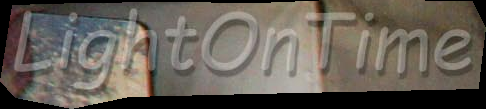
LightOnTime